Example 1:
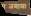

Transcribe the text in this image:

ज्ञगाचा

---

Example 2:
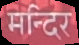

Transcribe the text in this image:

मन्दिर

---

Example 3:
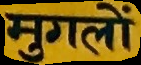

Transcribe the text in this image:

मुगलों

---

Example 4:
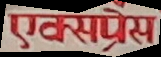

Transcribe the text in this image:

एक्सप्रेस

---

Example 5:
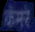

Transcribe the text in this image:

कैमरे